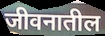
जीवनातील